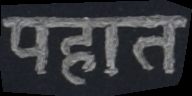
पहात